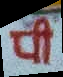
पी